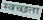
स्वच्छता